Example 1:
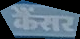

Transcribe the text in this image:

कैंसर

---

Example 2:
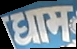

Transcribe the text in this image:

धाम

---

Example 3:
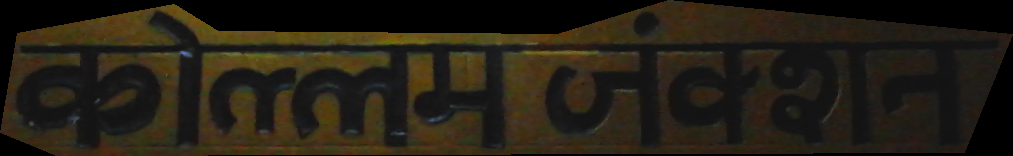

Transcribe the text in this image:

कोल्लम जंक्शन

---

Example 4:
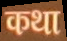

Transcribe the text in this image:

कथा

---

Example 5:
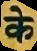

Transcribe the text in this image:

के